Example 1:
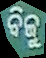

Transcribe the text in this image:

ବିଜୁ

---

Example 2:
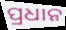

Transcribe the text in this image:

ପ୍ରଧାନ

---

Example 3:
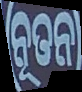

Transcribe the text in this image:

(ନୂତନା)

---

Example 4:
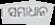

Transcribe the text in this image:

ପମାଧାନ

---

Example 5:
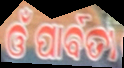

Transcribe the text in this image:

ଓଁ ପାର୍ବତା